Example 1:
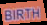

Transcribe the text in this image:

BIRTH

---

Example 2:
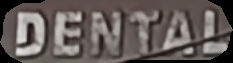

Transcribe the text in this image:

DENTAL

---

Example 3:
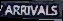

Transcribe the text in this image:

ARRIVALS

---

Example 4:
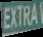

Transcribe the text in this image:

EXTRA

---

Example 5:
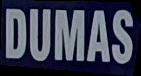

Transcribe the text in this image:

DUMAS